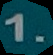
1.